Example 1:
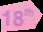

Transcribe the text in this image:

18th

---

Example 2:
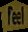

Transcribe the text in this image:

Feel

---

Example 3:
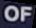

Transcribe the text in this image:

OF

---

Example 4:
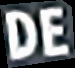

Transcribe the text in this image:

DE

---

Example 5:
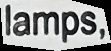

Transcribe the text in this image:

lamps,